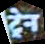
ट्रेन